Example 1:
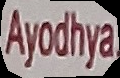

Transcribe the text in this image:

Ayodhya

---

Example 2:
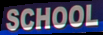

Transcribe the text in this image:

SCHOOL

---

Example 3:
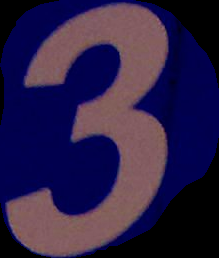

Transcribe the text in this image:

3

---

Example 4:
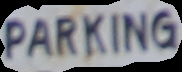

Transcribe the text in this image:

PARKING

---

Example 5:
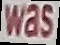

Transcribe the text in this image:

was